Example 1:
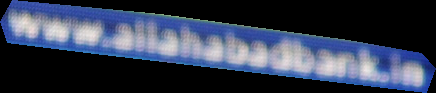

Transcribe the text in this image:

www.allahabadbank.in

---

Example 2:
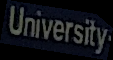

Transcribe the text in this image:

University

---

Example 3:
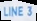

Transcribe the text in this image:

LINE3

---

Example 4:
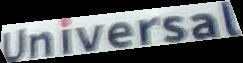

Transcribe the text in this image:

Universal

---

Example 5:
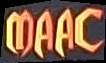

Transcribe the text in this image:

MAAC